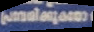
പ്രവേശിക്കുകയോ